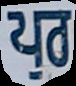
ਪੁਰ